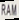
RAM